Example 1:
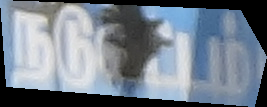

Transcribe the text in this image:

நடுவட்டம்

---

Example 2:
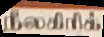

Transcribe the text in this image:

நீலகிரிக்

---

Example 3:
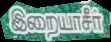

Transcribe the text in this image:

இறையாசீா்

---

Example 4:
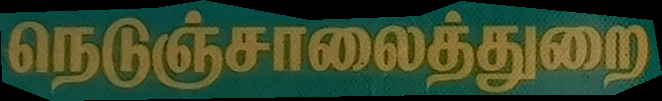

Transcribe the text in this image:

நெடுஞ்சாலைத்துறை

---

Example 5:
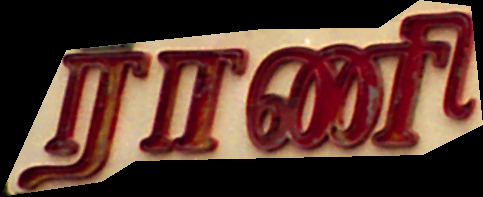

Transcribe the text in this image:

ராணி